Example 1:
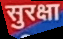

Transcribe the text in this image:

सुरक्षा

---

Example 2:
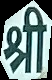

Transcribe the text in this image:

श्री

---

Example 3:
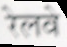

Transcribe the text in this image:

रेलवे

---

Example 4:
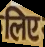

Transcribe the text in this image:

लिए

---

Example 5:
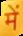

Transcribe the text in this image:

में